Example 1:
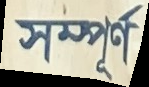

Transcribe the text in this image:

সম্পৃর্ণ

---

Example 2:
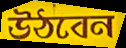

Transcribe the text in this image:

উঠবেন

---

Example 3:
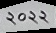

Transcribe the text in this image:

২০২২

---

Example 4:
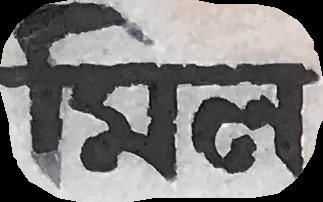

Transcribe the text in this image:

মিল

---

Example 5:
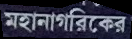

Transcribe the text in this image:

মহানাগরিকের